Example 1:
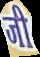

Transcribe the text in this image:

जी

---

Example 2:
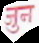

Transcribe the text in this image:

जुन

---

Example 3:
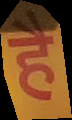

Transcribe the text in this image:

है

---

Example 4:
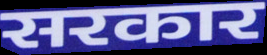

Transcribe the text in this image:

सरकार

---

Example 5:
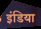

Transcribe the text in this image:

इंडिया